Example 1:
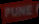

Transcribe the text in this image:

PUNE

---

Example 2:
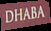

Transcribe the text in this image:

DHABA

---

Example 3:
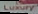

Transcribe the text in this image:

Luxury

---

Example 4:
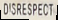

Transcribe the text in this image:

DISRESPECT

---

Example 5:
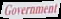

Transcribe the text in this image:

Government